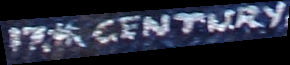
17th CENTURY